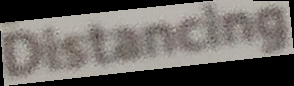
Distancing